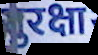
सुरक्षा